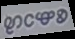
കോൾ